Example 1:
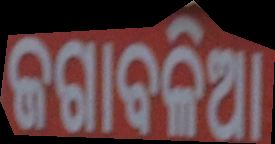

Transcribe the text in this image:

ଜଗାବଳିଆ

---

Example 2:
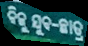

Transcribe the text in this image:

ବିଜୁ ଯୁବ-ଛାତ୍ର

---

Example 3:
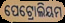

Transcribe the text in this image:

ପେଟ୍ରୋଲିୟମ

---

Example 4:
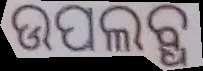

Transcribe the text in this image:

ଉପଲବ୍ଧ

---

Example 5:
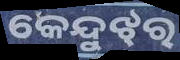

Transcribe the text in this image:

କେନ୍ଦୁର୍